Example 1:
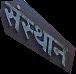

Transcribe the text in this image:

संस्थान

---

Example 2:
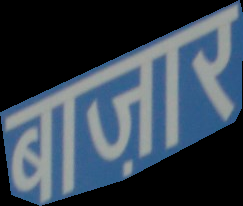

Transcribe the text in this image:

बाज़ार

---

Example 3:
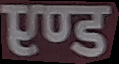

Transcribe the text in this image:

एण्ड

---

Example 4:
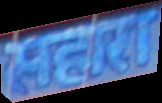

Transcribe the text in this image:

सहारा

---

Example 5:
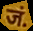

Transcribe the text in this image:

जं.